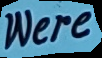
Were